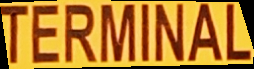
TERMINAL